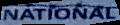
NATIONAL